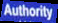
Authority